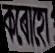
কৰোহো